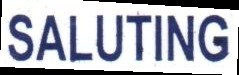
SALUTING